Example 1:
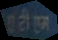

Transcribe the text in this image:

ए टी एम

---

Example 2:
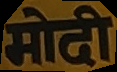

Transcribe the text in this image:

मोदी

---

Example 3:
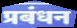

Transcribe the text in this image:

प्रबंधन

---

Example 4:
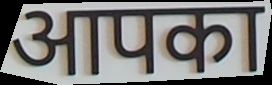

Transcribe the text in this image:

आपका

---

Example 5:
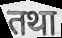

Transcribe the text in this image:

तथा